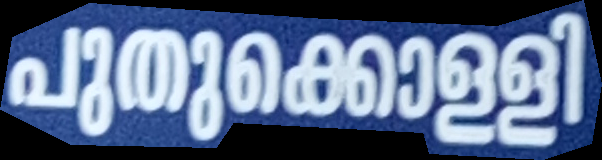
പുതുക്കൊളളി